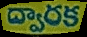
ద్వారక